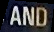
AND